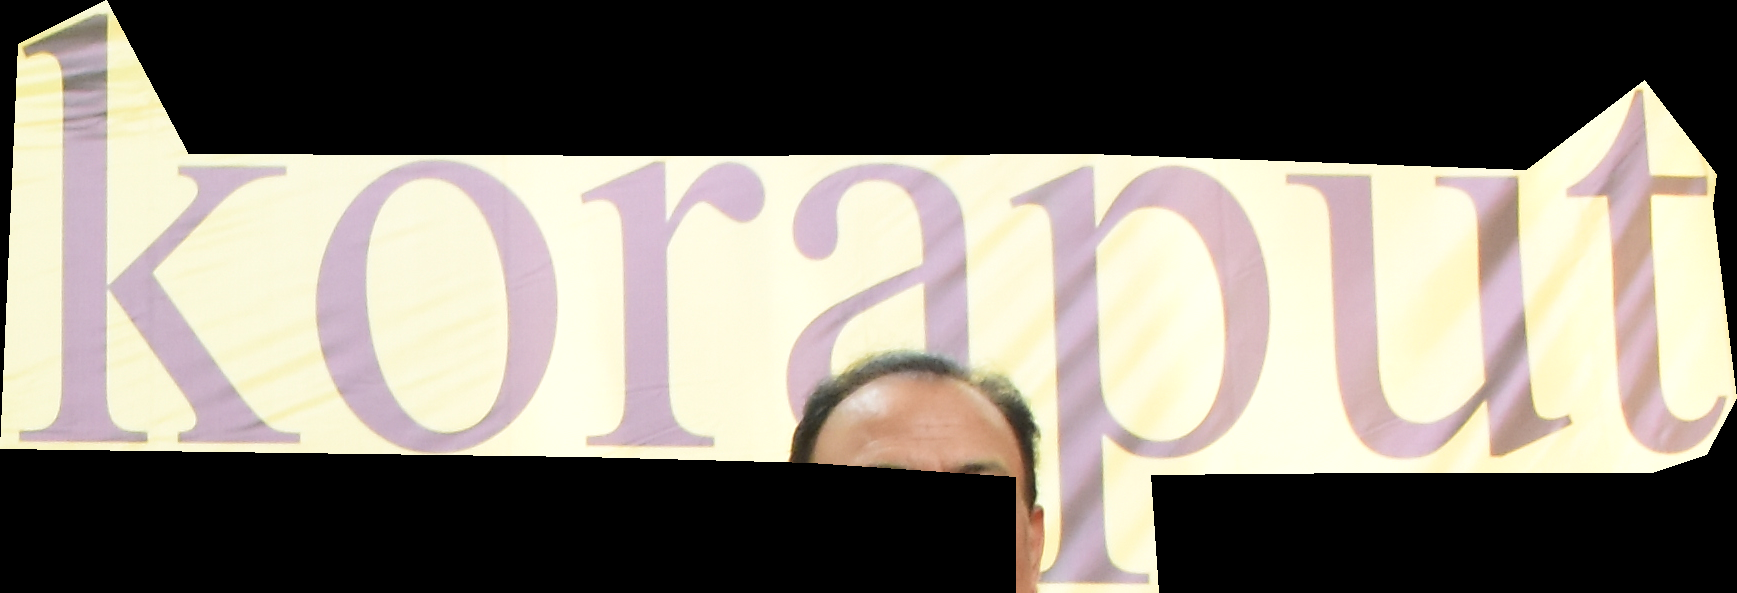
koraput